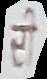
ਦੀ